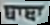
ਥਾਥਾ